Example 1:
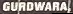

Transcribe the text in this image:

GURDWARA,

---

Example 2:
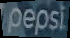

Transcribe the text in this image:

pepsi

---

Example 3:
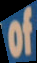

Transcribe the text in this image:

of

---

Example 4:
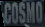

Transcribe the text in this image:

COSMO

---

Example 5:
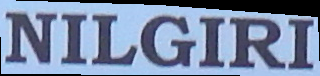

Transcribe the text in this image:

NILGIRI